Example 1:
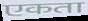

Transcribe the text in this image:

एकता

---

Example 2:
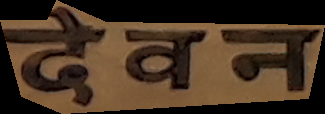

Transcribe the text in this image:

देवन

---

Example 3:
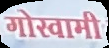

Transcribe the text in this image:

गोस्वामी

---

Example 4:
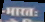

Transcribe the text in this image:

भारतः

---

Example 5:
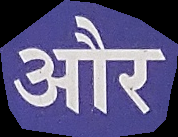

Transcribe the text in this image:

और